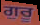
ਗੁਰੂ